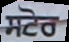
ਸਟੋਰ